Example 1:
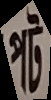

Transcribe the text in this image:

পট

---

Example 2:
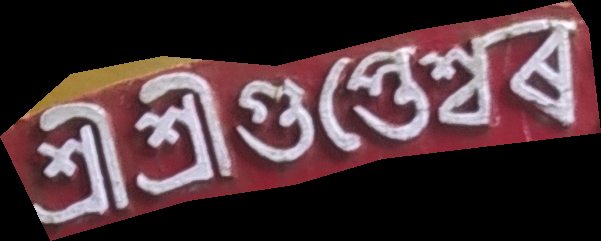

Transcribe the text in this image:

শ্রীশ্রীগুপ্তেশ্বৰ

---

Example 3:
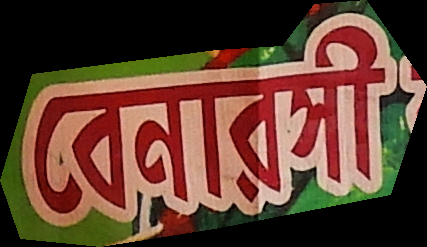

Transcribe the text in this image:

বেনারসী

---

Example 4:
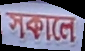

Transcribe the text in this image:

সকালে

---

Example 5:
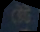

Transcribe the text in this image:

ষ্টেট